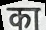
का